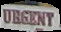
URGENT